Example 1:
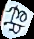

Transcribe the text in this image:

ਬੇਡੇ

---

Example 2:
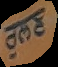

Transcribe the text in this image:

ਰੁਲਣ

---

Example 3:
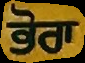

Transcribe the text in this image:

ਭੋਗ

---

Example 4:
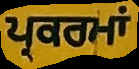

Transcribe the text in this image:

ਪ੍ਰਕਰਮਾਂ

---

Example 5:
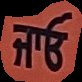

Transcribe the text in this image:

ਜਾਓ